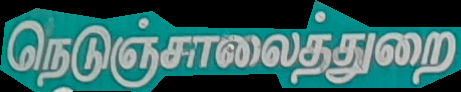
நெடுஞ்சாலைத்துறை